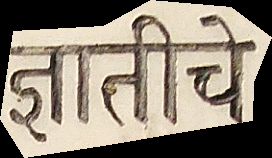
ज्ञातीचे